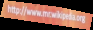
http://www.mr.wikipedia.org